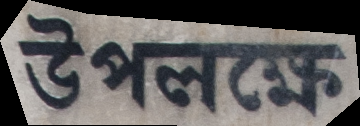
উপলক্ষে